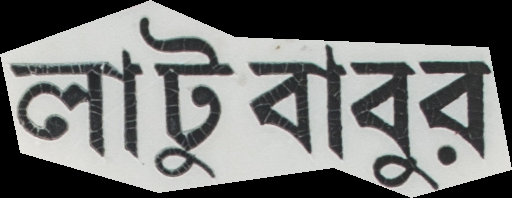
লাটু বাবুর